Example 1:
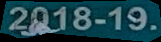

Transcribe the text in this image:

2018-19.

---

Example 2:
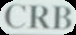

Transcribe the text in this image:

CRB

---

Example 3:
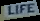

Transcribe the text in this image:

LIFE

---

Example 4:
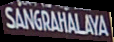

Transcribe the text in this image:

SANGRAHALAYA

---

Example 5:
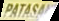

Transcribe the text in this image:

PATASA